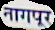
नागपूर